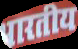
भारतीय